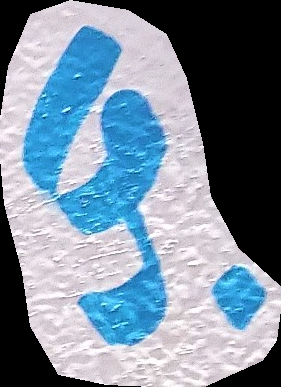
५.